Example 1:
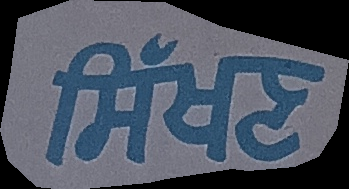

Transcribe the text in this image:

ਸਿੱਖਣ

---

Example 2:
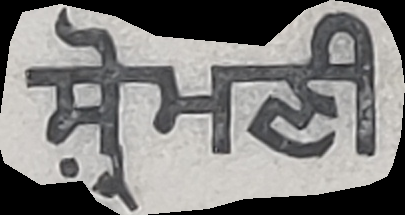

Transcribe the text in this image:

ਸ੍ਰੋਮਣੀ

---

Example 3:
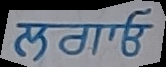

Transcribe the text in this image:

ਲਗਾਓ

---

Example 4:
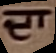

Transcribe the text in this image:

ਦਾ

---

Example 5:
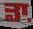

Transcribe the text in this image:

ਡਾ